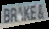
BRAKE&